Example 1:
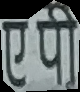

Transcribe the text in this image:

एपी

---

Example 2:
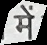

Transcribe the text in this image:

में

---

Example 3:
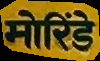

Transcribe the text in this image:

मोरिंडे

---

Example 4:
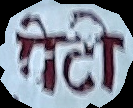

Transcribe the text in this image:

पेटी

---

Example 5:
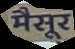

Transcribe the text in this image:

मैसूर